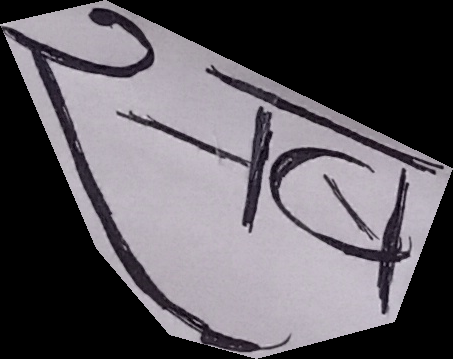
सब